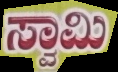
ಸ್ವಾಮಿ